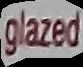
glazed